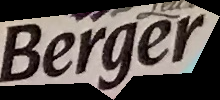
Berger